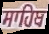
ਸਾਹਿਥ